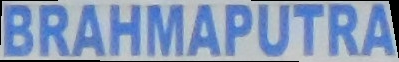
BRAHMAPUTRA